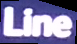
Line